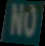
NO